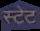
स्टेट